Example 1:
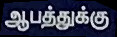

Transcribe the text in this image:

ஆபத்துக்கு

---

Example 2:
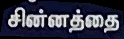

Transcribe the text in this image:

சின்னத்தை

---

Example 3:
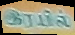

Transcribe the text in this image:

இரயில்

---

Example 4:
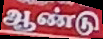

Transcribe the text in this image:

ஆண்டு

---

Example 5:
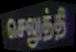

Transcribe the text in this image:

எசலுத்தி